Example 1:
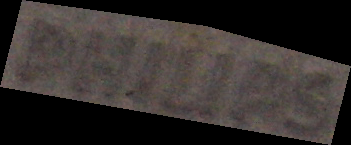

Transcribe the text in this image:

PHILIPS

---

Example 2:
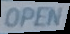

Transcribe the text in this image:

OPEN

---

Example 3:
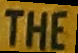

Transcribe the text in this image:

THE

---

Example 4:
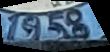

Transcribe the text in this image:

1958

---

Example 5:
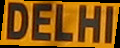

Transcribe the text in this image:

DELHI